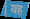
यह